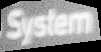
System